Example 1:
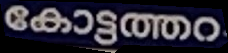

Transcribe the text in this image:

കോട്ടത്തറ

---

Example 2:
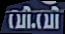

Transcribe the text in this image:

വി.വി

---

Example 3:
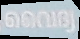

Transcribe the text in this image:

വൈദ്യ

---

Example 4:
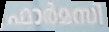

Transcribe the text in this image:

ഫാർമസി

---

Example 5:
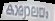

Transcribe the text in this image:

കാര്യാലയം